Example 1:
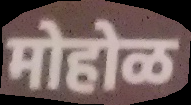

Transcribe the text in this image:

मोहोळ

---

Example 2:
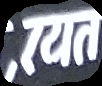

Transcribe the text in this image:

रयत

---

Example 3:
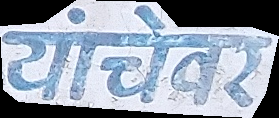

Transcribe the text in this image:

यांचेवर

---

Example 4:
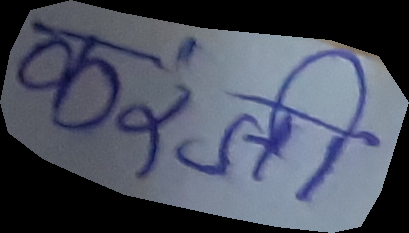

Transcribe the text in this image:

करंजी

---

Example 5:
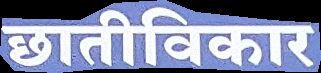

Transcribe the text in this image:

छातीविकार